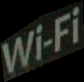
Wi-Fi